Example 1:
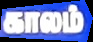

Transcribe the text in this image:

காலம்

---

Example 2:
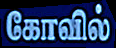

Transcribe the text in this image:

கோவில்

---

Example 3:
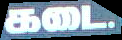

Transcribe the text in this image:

கடை.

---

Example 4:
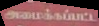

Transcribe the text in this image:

அமைக்கப்பட்ட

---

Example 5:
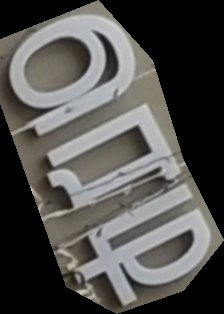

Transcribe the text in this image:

ரெடி